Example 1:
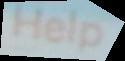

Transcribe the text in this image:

Help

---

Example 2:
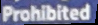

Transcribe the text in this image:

Prohibited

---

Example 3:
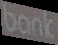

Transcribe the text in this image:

bank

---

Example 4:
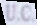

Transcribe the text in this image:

U.C.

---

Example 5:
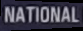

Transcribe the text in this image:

NATIONAL